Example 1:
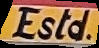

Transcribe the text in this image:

Estd.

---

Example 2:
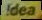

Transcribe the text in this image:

idea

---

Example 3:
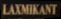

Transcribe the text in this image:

LAXMIKANT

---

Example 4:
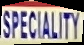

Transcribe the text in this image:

SPECIALITY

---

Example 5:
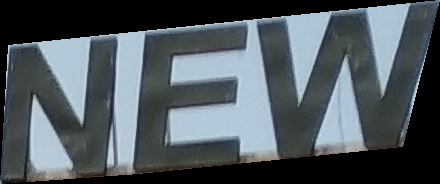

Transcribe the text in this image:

NEW